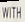
WITH